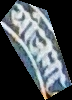
योजना